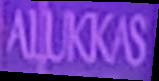
ALUKKAS